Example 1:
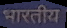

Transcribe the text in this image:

भारतीय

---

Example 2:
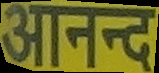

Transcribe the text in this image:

आनन्द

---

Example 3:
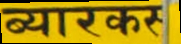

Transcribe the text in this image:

ब्यारकस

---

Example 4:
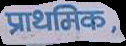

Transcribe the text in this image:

प्राथमिक,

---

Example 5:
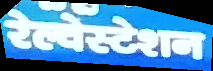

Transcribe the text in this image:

रेल्वेस्टेशन